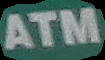
ATM